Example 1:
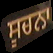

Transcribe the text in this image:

ਸੂਚਨਾ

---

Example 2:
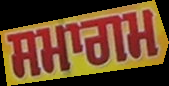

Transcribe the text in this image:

ਸਮਾਰਾਮ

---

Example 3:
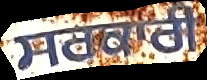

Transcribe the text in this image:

ਸਰਕਾਰੀ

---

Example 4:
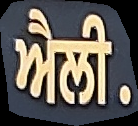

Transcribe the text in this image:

ਐਲੀ.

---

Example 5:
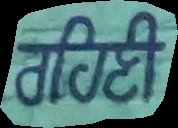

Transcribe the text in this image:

ਰਹਿਈ